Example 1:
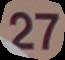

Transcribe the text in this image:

27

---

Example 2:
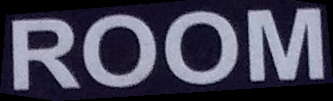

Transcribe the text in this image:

ROOM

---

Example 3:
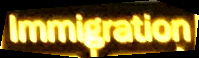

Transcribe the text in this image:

Immigration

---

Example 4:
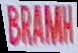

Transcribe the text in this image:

BRAMH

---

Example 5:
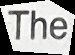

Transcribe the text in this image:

The